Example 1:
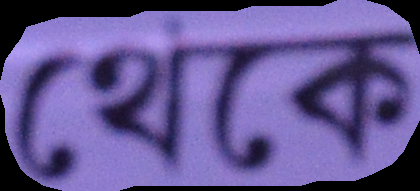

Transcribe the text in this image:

থেকে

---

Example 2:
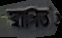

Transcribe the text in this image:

স্থানিত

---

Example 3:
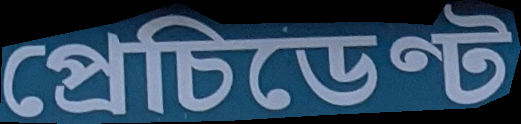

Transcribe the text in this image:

প্ৰেচিডেণ্ট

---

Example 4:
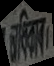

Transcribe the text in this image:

অধিকাৰ৷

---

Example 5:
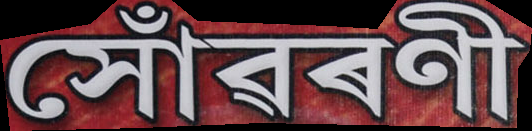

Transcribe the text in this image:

সোঁৱৰণী